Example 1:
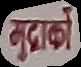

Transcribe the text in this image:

मुद्राकों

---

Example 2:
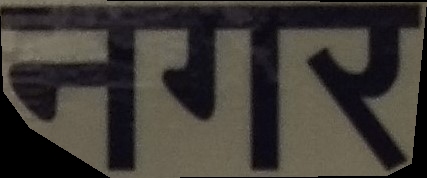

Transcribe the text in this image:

नगर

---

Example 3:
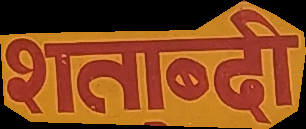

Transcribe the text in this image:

शताब्दी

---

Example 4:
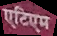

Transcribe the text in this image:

एटिएम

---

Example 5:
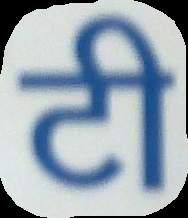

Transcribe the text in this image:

टी